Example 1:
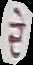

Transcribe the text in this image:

ਦੇ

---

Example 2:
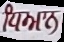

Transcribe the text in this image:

ਧਿਆਨ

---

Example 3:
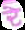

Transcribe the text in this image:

ਦੇ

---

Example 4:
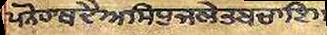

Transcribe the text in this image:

ਪਨੋਹਾਬਦੈਅਸਿਧुਜਲੇਤਬਰਾਇ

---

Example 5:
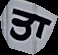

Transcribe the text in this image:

ਤਾ